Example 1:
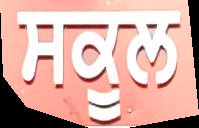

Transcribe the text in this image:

ਸਕੂਲ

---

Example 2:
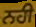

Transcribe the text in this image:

ਨਹੀ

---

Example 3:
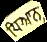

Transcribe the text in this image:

ਧਿਆਨ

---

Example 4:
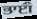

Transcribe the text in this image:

ਭਾਈ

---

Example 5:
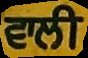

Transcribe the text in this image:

ਵਾਲੀ